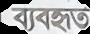
ব্যবহৃত